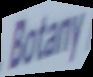
Botany